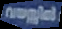
വയസ്സിൽ